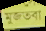
মুজতবা